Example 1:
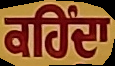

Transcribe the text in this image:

ਕਹਿੰਦਾ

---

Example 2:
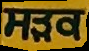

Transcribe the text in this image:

ਸੜਕ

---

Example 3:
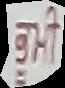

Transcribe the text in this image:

ਭੂਮੀ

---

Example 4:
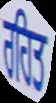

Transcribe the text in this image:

ਰਹਿਤ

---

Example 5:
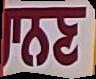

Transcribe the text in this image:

ਨਣ